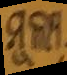
ମୂଲା